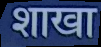
शाखा